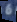
6